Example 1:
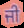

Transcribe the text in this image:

ਜੀ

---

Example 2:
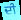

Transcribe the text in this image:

ਦੀ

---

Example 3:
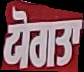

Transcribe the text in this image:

ਯੋਗਤਾ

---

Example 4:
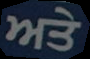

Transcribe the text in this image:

ਅਤੇ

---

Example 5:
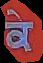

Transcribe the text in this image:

ਕੇ